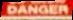
DANGER